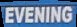
EVENING